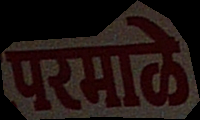
परमाळे